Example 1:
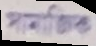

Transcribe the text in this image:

স্যমাজিক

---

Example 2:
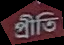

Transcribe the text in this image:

প্রীতি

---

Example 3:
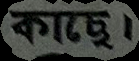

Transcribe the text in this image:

কাছে ৷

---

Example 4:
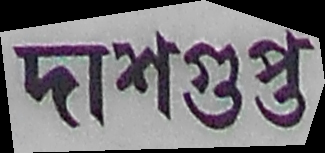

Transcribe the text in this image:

দাশগুপ্ত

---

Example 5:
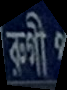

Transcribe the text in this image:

রুগী